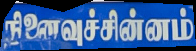
நினைவுச்சின்னம்A